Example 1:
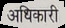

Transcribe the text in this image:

अधिकारी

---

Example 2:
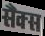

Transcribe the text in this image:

सैंक्स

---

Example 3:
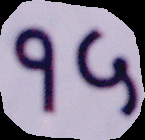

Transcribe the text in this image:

१५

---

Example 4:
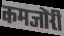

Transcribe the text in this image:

कमजोरी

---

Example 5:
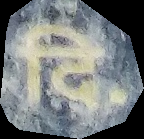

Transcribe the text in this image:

दि.